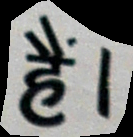
हैं।